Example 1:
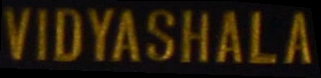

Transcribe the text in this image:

VIDYASHALA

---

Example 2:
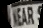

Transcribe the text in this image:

NEAR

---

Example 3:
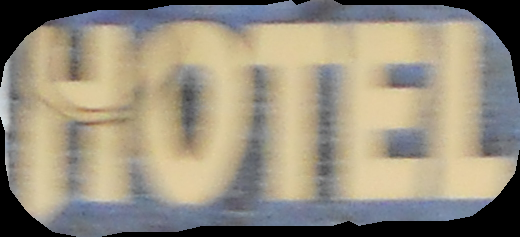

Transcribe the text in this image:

HOTEL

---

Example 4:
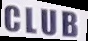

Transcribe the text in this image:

CLUB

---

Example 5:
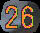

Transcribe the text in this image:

26